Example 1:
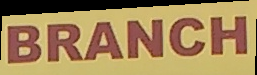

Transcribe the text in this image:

BRANCH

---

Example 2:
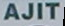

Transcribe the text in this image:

AJIT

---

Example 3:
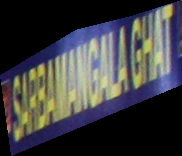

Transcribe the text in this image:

SARBAMANGALA GHAT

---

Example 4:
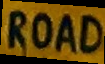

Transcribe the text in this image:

ROAD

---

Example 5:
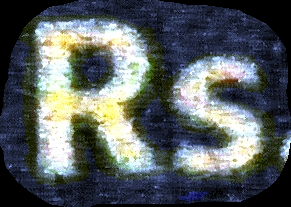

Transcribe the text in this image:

Rs